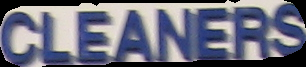
CLEANERS